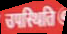
उपस्थिति